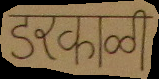
डरकाळी